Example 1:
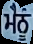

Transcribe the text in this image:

ਮਠੂੰ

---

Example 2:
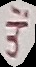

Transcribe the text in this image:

ਤੋਂ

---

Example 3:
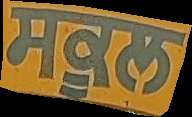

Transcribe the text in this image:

ਸਕੂਲ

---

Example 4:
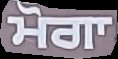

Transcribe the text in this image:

ਮੋਗਾ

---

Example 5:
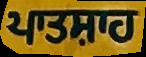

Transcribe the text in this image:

ਪਾਤਸਾਹ